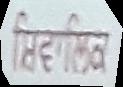
ਸ਼ਿਵਾਲਿਕ